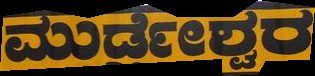
ಮುಡೇಶ್ವರ